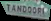
TANDOORI